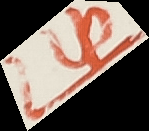
का